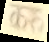
करु